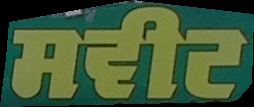
ਸਵੀਟ